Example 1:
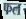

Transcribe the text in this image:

फल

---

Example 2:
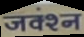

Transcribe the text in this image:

जक्शंन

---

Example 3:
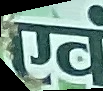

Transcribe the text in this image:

एवं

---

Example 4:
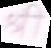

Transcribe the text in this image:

श्री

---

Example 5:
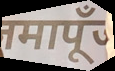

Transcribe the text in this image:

नमापूँ